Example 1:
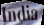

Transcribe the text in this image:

India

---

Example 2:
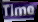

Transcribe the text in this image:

Time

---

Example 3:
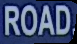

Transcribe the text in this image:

ROAD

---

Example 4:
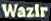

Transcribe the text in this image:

Wazlr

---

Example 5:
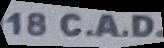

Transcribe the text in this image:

18C.A.D.